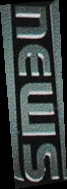
news